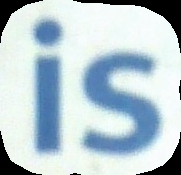
is